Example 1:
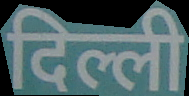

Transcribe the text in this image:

दिल्ली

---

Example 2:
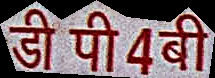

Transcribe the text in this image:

डी पी 4 बी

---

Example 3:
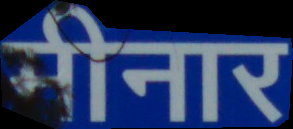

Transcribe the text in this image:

मीनार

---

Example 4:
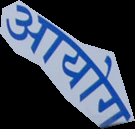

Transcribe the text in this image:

आयोग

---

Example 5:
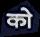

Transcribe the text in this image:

को